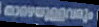
താഴെയുള്ളവരും